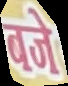
बजे